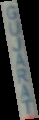
GUJARAT